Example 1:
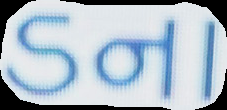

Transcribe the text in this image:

ડના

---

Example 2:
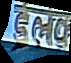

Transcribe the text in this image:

ઉભળ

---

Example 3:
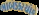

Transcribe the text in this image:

આંબેડકર ચોક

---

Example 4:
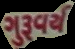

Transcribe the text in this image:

ગુ३વર્ય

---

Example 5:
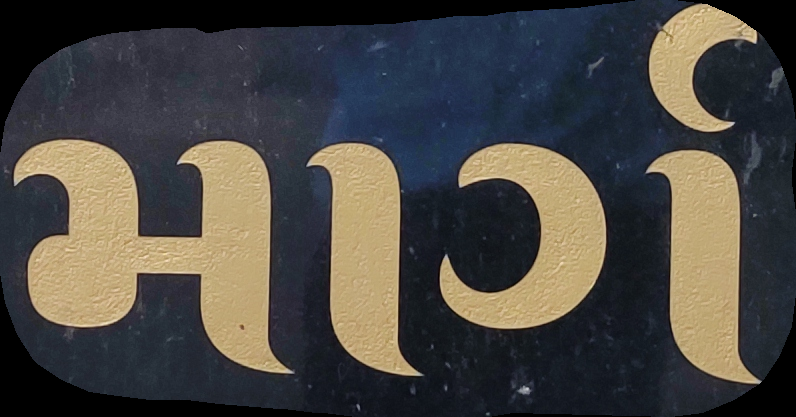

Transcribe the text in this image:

માર્ગ